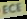
ECE